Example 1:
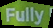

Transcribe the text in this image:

Fully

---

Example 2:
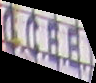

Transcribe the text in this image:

C.C.E.E.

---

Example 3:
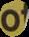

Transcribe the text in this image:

of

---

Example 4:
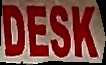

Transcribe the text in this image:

DESK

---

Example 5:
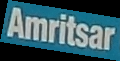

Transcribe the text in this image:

Amritsar